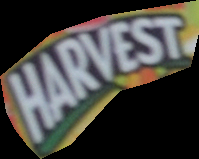
HARVEST